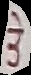
ਤੇ